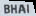
BHAI